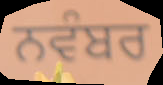
ਨਵੰਬਰ